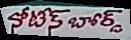
నోటీస్ బోర్డ్